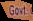
Govt